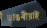
ডাঙৰীয়াই